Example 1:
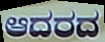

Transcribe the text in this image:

ಆದರದ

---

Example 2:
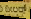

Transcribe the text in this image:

ದೀಲರ್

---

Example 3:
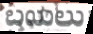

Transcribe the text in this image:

ಬಯಲು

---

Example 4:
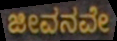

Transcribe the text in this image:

ಜೀವನವೇ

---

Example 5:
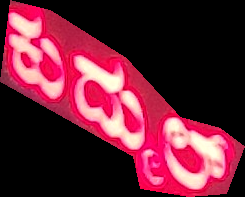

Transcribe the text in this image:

ಕುಮ್ಯಲ್